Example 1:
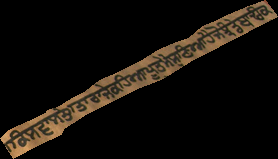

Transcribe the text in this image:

ਕਾਸਟਰੀਅਨ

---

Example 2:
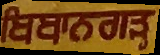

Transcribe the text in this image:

ਥਿਥਾਨਗੜ੍ਹ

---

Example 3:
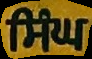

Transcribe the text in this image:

ਸਿੰਘ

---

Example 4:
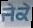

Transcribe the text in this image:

ਜੇਕੇ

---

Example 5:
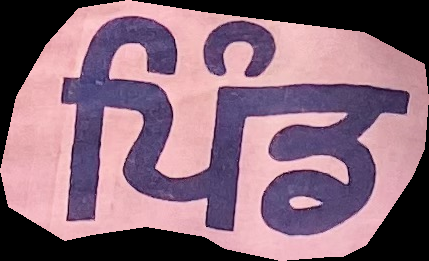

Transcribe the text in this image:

ਪਿੰਡ